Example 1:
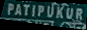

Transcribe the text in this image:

PATIPUKUR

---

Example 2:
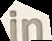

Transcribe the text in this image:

in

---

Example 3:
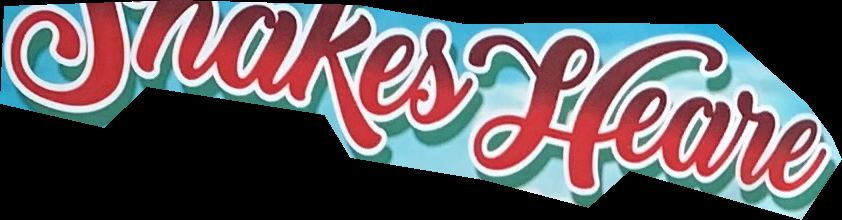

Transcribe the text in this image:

SnakesHeare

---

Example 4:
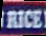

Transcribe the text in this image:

RICE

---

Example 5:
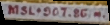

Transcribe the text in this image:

MSL+907.8G.M.